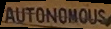
AUTONOMOUS